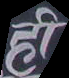
ही